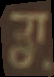
ਡਾ.